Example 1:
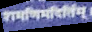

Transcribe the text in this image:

रामणिमदिर्तिम्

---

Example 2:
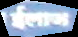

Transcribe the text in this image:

ईलाज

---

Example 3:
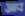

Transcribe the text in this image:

आप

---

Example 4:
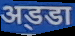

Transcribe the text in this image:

अड़डा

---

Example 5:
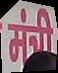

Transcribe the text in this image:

मंत्री